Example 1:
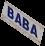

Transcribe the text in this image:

BABA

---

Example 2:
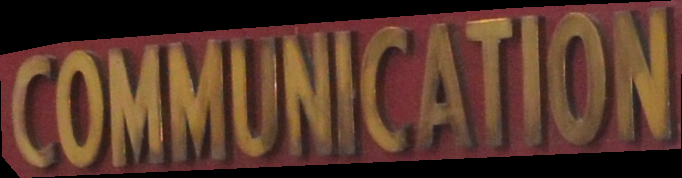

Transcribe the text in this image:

COMMUNICATION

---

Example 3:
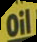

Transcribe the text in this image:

Oil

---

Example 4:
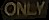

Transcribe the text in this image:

ONLY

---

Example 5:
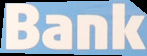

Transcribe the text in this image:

Bank